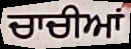
ਚਾਚੀਆਂ